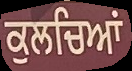
ਕੁਲਚਿਆਂ